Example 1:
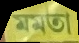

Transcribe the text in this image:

মমতা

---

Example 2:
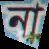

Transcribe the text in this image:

না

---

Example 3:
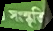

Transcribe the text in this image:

সংস্কৃতি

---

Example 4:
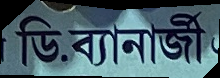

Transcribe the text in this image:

ডি.ব্যানার্জী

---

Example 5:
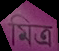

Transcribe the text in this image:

মিত্র